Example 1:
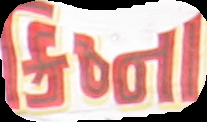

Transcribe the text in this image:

ક્રિષ્ના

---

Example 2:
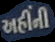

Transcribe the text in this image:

અહીંની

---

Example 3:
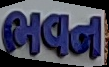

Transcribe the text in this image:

ભવન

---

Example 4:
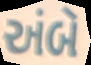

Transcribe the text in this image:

અંબે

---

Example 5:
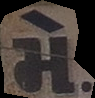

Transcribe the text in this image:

મે.